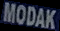
MODAK